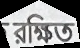
রক্ষিত